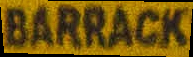
BARRACK